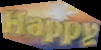
Happy